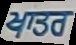
ਖਾਤਰ